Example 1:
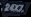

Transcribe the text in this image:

24X7,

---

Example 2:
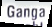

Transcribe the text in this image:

Ganga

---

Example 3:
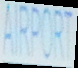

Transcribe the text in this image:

AIRPORT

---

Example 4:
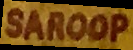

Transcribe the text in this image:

SAROOP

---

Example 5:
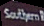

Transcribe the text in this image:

Southern